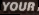
YOUR